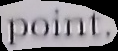
point.